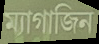
ম্যাগাজিন